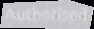
Authorised